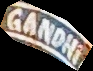
GANDHI